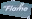
"Florhe